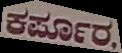
ಕರ್ಪೂರ